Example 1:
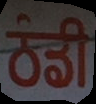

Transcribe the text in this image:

ਠੰਡੀ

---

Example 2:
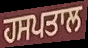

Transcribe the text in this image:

ਹਸਪਤਾਲ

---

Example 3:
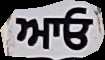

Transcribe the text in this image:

ਆਓ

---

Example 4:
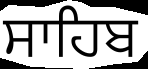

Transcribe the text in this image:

ਸਾਹਿਬ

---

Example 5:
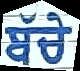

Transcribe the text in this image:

ਬੱਚੇ